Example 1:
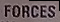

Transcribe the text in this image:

FORCES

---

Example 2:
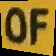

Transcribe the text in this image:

OF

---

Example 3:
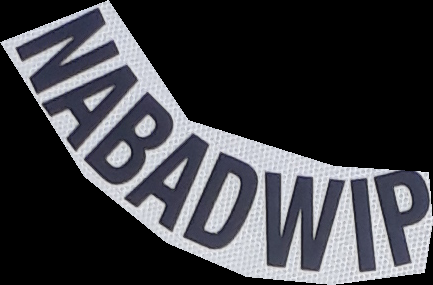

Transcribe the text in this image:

NABADWIP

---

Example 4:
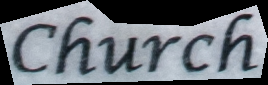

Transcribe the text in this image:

Church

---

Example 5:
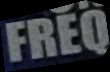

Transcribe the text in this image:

FREQ